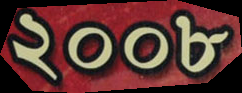
২০০৮